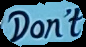
Don